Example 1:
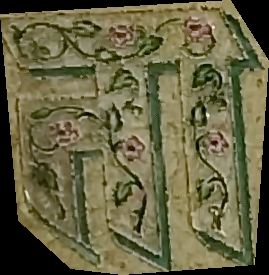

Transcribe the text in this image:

ता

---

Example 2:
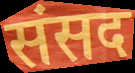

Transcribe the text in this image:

संसद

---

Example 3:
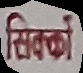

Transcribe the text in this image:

सिक्कों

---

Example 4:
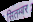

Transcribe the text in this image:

सितम्बर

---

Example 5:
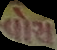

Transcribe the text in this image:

बोस